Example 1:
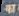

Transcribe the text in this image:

का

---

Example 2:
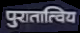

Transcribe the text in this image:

पुरातात्विय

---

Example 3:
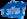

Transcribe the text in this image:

ऑफ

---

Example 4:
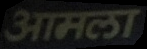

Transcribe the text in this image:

आमला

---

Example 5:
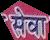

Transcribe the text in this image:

सेवा